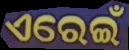
ଏରେଇଁ